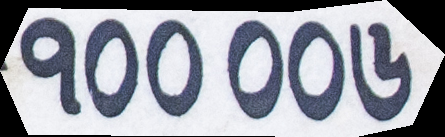
৭০০০০৬